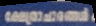
ക്ഷേത്രാചാരങ്ങൾ